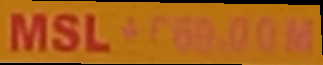
MSL+069.00M